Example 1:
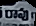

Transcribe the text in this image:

రావు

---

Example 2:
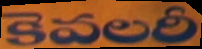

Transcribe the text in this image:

కెవలరీ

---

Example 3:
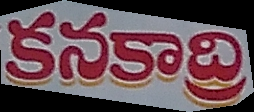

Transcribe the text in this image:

కనకాద్రి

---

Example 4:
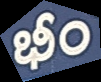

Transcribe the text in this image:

భీం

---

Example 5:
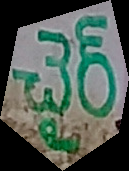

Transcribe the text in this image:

చైర్